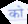
काे